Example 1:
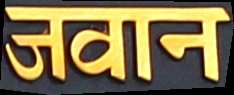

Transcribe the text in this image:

जवान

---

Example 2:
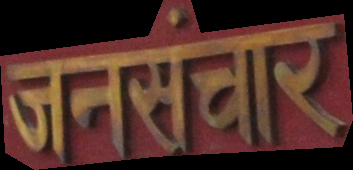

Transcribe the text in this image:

जनसंचार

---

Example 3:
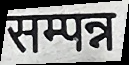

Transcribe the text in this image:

सम्पन्न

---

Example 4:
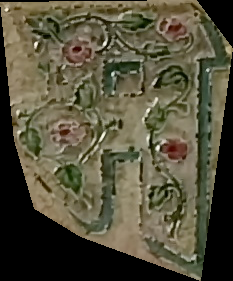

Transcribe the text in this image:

म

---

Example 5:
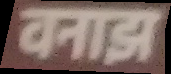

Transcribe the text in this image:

वनाझ